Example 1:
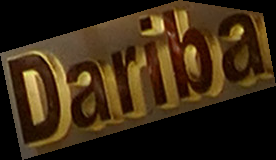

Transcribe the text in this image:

Dariba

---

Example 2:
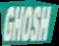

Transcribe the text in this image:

GHOSH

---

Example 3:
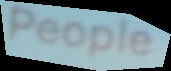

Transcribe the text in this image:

People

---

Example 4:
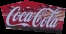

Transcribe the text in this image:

CocaCola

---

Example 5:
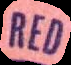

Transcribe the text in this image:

RED